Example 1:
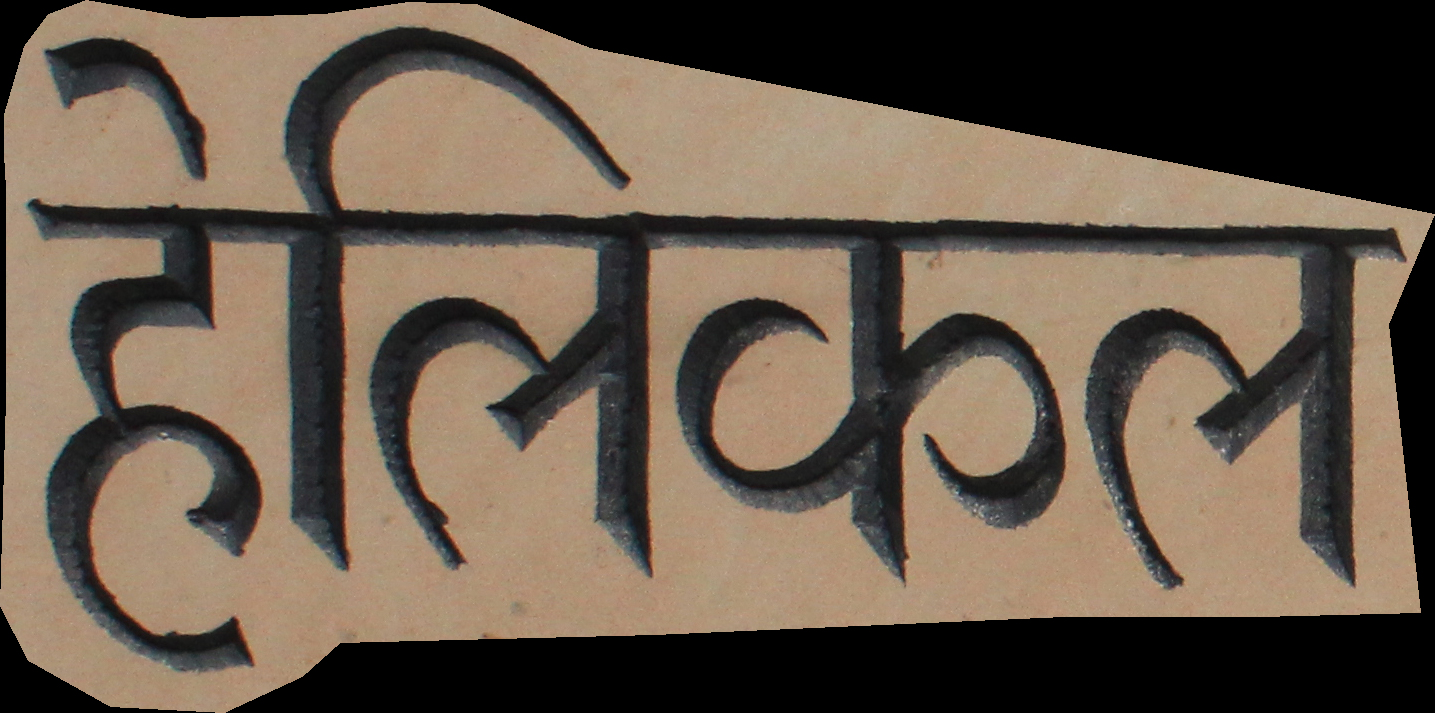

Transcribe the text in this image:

हेलिकल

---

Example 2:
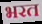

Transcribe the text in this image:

भरत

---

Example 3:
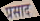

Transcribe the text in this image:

प्रसाद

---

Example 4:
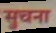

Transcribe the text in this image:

सुचना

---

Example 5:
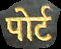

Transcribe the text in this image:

पोर्ट